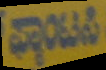
ಫ್ಲಾಂಟಸಿ